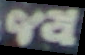
જય